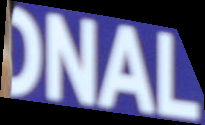
ONAL